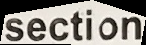
section